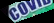
COVID